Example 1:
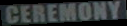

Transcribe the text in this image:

CEREMONY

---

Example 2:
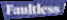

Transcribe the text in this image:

Faultless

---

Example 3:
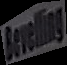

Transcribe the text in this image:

Bevelling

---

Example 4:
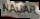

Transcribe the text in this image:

NAGAR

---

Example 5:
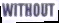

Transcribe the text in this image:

WITHOUT